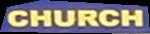
CHURCH